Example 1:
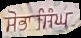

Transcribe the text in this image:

ਸੋਭਸਿੰਘ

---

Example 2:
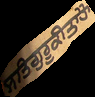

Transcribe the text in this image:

ਜਤਿਗੁਰੂਕੀਤਾਰੀ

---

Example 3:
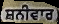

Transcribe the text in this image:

ਸ਼ਨੀਵਾਰ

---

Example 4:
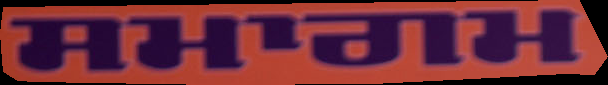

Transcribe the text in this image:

ਸਮਾਗਮ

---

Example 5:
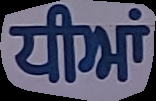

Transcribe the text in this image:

ਧੀਆਂ